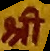
श्री